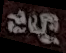
జిల్లా